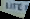
LIFE